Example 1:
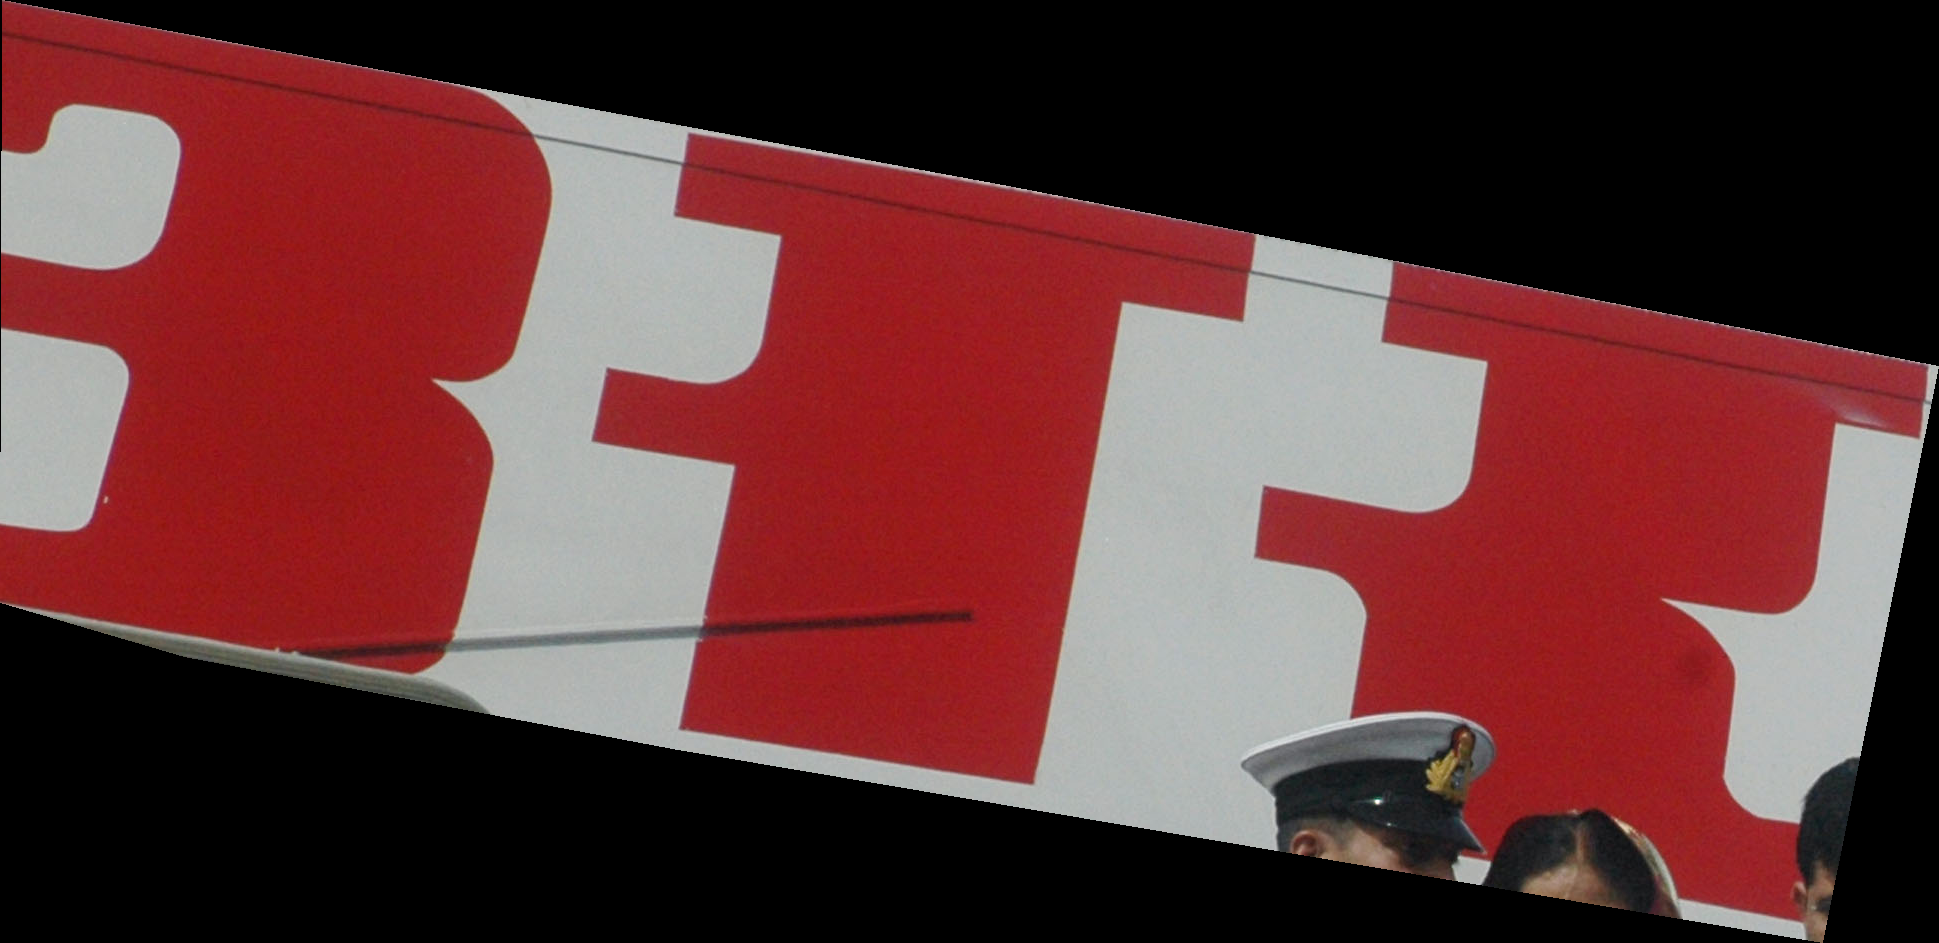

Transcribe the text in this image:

अर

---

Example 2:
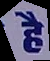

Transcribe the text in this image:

है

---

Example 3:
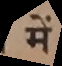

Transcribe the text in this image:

में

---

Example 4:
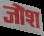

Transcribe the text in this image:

जोश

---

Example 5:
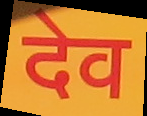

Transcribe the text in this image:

देव